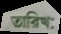
তারিখ: